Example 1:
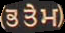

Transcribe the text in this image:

(ਭ ਤੇ ਮ)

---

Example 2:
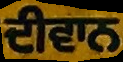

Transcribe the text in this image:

ਦੀਵਾਨ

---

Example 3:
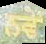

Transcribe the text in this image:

ਨਵੇ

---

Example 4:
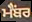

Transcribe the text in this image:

ਮੈਂਬਰ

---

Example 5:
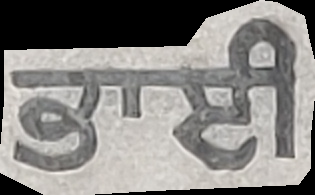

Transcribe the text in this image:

ਭਾਈ